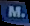
M.